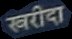
खरीदा